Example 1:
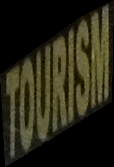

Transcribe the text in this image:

TOURISM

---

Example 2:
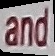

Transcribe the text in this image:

and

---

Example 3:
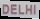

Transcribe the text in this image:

DELHI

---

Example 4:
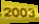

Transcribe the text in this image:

2003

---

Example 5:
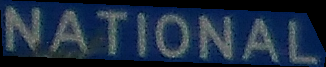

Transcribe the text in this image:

NATIONAL